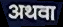
अथवा